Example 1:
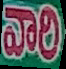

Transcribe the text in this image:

వారి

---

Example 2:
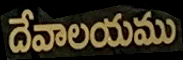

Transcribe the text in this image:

దేవాలయము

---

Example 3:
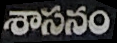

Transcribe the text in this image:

శాసనం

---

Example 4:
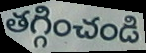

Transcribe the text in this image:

తగ్గించండి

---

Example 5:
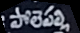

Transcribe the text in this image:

పోలెపల్లి